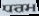
ਧਰਮ